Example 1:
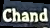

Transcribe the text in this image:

Chand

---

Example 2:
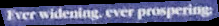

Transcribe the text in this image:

Overwidening.everprosperi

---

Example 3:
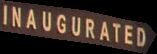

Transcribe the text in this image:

INAUGURATED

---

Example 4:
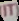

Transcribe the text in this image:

IT)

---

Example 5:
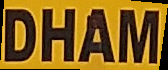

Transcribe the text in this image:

DHAM